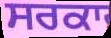
ਸਰਕਾ